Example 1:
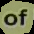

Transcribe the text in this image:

of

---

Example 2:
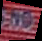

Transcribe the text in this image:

NO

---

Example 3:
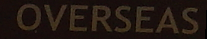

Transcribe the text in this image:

OVERSEAS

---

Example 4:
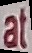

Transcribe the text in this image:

at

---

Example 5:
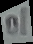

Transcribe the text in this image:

of